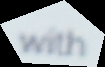
with